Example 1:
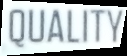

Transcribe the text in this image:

QUALITY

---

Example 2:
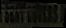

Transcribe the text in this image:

SEAT COVERS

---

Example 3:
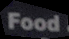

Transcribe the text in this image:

Food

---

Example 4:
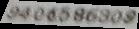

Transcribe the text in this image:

9406586309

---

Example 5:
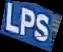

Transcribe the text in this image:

LPS